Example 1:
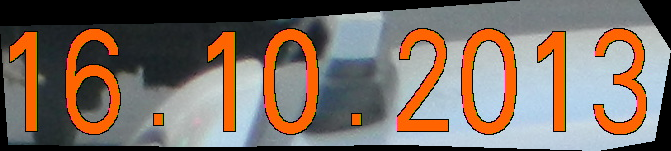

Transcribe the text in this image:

16.10.2013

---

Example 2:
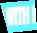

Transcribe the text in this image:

WITH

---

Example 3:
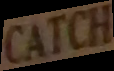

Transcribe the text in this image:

CATCH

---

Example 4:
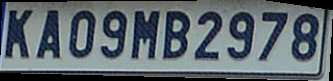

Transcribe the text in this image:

KA09MB2978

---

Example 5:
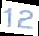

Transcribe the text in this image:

12